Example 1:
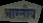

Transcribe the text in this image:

भारतीय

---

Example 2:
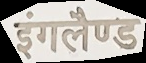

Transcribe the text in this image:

इंगलैण्ड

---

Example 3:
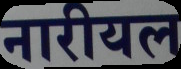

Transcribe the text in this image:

नारीयल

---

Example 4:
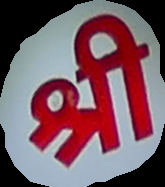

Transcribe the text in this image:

श्री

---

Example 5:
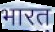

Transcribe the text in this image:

भारत